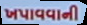
ખપાવવાની